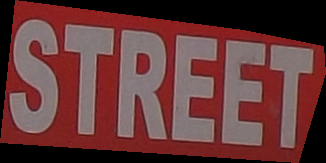
STREET